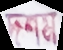
দশম